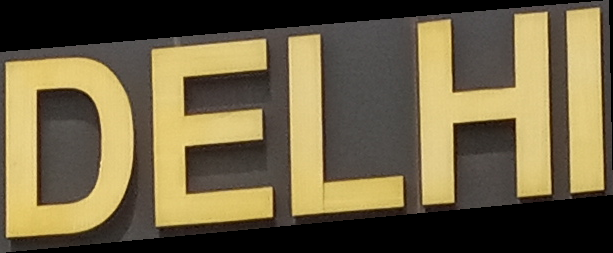
DELHI